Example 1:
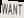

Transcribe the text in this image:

WANT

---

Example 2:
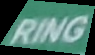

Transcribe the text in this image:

RING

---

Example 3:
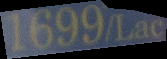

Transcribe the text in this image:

1699/Lac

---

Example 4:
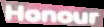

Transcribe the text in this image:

Honour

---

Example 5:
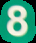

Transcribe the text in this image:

8